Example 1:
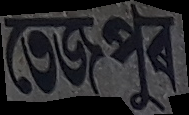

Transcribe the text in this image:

তেজপুৰ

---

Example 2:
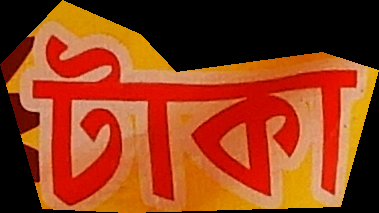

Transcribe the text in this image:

টাকা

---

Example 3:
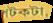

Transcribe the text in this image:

পটকটা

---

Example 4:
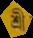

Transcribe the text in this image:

শ্রী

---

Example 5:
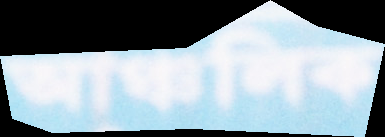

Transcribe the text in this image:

আঞ্চলিৰ